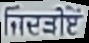
ਜਿਦੜੀਏ